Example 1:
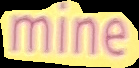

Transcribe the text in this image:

mine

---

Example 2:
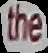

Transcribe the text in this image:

the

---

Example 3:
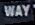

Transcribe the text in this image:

WAY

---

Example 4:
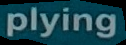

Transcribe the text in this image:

plying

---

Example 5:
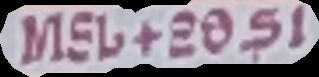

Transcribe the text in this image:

MSL+2051